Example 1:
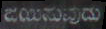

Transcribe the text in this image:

ಜಯಮವುದು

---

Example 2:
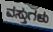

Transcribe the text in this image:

ವಸ್ತುಗಳು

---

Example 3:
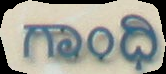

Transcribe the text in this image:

ಗಾಂಧಿ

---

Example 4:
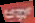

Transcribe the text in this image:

ಆಫ್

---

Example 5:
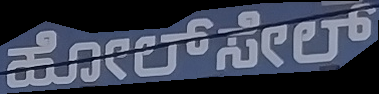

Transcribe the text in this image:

ಹೋಲ್‌ಸೇಲ್